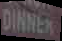
DINNER